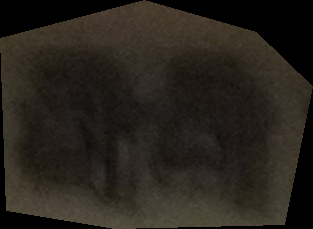
শ্রীশ্রী